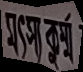
মৎস্য কুৰ্ম্ম